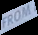
FROM